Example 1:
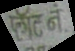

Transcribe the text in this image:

प्लॉट नं.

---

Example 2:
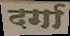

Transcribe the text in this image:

दर्गा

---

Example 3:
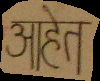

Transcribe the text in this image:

आहेत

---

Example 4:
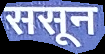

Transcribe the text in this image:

ससून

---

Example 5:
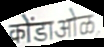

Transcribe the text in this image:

कोंडाओळ